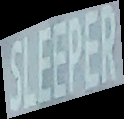
SLEEPER